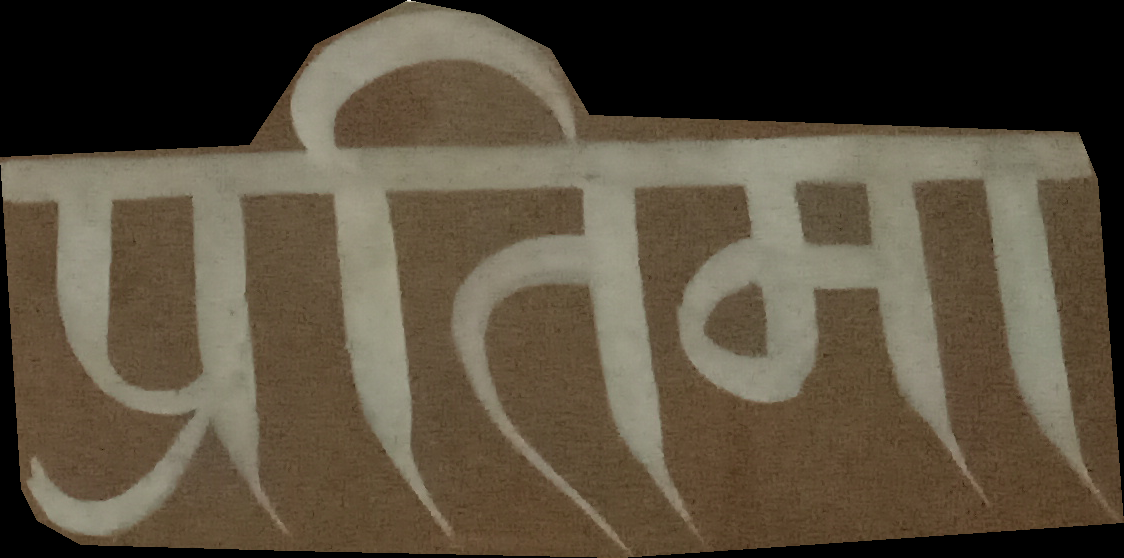
प्रतिमा